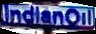
IndianOil